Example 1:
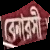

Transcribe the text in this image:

বেনারসী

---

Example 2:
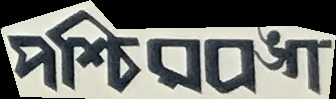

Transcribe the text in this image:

পশ্চিমএসা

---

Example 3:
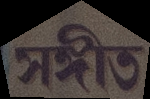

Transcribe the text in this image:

সঙ্গীত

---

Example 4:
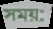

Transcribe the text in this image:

সময়:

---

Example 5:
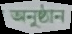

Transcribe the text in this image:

অনুষ্ঠান